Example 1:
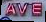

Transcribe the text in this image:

AVE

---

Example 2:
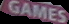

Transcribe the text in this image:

GAMES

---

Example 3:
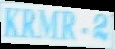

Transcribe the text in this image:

KRMR-2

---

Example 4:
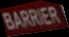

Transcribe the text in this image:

BARRIER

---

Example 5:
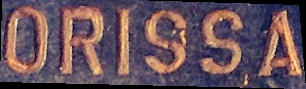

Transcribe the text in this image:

ORISSA